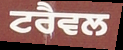
ਟਰੈਵਲ